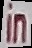
in